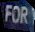
FOR